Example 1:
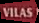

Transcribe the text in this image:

VILAS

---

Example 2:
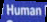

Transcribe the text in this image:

Human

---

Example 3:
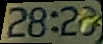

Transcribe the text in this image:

28:22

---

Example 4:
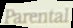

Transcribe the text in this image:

Parental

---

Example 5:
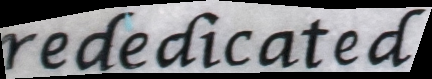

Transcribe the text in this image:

rededicated